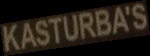
KASTURBA